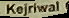
Kejriwal